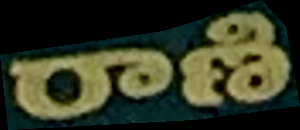
రాణి